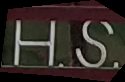
H.S.